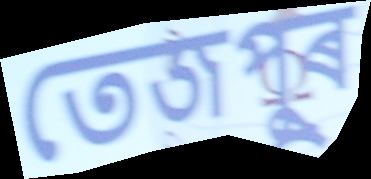
তেজপুৰ